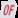
OF